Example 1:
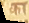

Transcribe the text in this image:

का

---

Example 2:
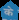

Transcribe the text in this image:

क‍े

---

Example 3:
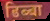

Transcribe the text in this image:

डिब्बा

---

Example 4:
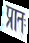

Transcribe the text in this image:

प्रान:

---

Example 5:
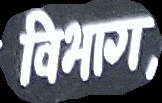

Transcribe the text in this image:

विभाग,